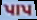
પાપ